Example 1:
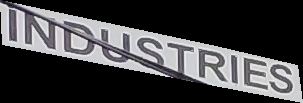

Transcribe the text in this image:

INDUSTRIES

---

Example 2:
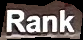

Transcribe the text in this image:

Rank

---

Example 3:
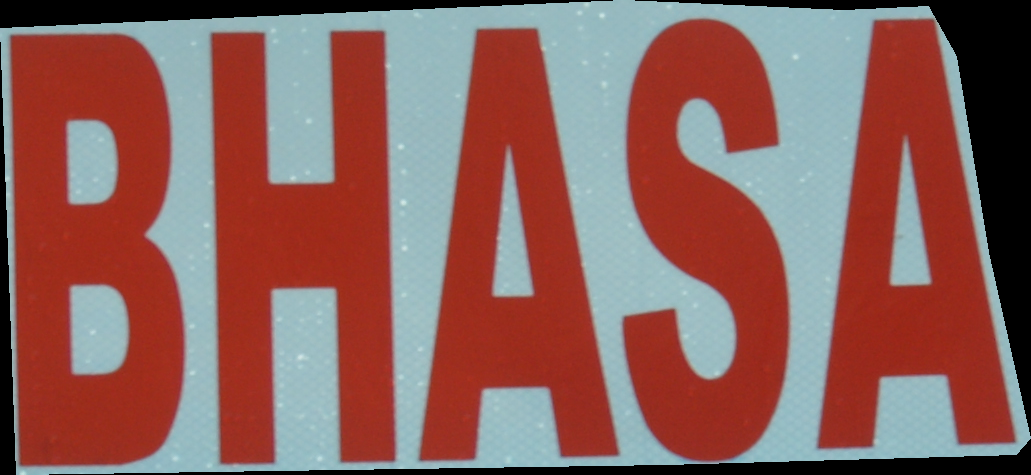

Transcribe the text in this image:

BHASA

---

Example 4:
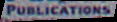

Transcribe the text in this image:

PUBLICATIONS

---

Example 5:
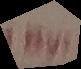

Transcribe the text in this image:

By: